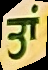
ਤਾਂ